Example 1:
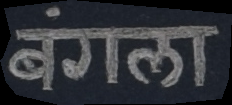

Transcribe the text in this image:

बंगला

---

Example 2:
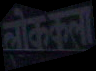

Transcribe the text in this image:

लोककला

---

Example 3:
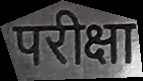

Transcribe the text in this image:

परीक्षा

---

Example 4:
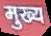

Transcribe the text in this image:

मुख्य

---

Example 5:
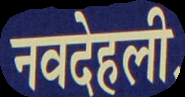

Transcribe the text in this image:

नवदेहली